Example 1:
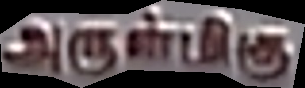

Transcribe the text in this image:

அ௫ள்மிகு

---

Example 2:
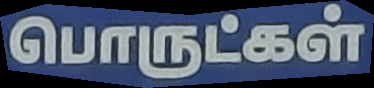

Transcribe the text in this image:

பொருட்கள்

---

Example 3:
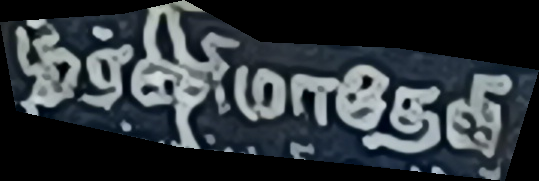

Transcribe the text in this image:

தீர்கினிமாதேவி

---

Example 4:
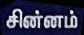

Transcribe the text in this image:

சின்னம்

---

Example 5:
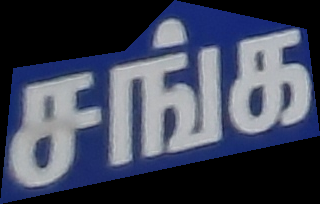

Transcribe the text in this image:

சங்க